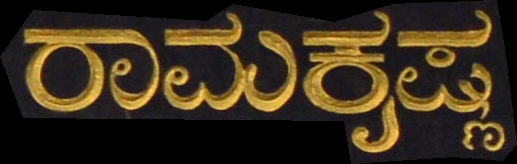
ರಾಮಕೃಷ್ಣ